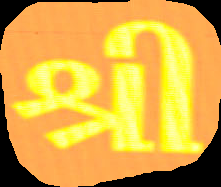
શ્રી